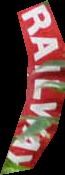
RAILWAY